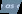
as